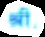
श्री.